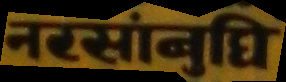
नरसांबुधि